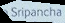
Sripancha